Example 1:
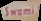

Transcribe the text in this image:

Swami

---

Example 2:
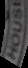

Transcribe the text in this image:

HOUSE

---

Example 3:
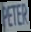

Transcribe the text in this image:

PETER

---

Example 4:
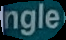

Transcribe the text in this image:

ngle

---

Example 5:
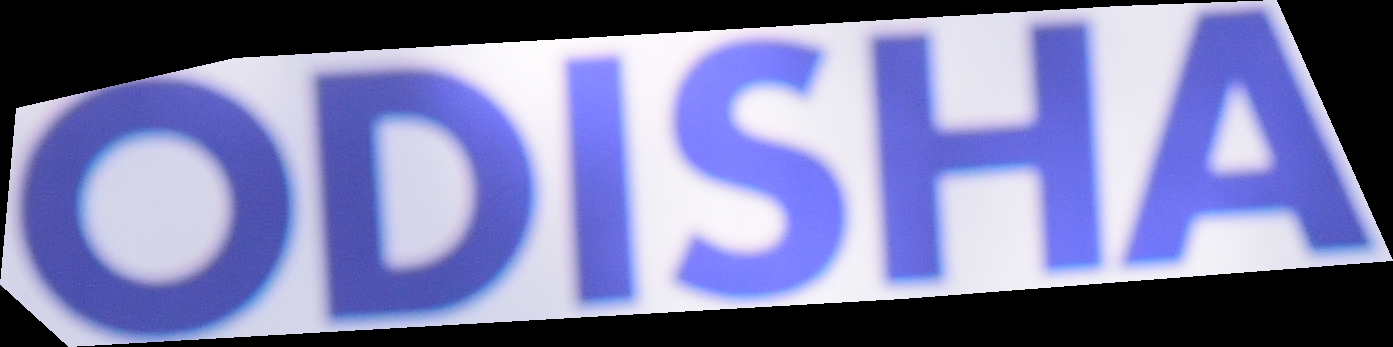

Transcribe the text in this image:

ODISHA